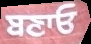
ਬਣਾਓ